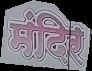
मंदिर